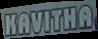
KAVITHA